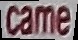
came